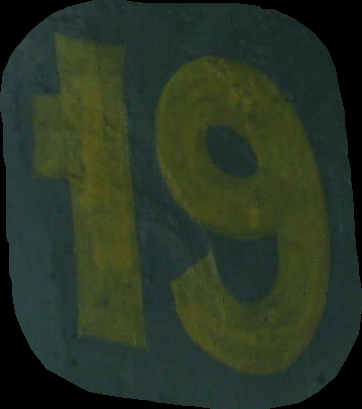
19